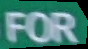
FOR